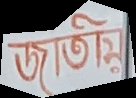
জাতীয়